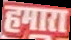
हमारा